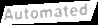
Automated